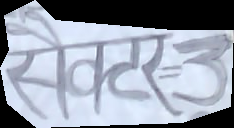
सैक्टर=3